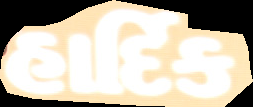
હાર્દિક